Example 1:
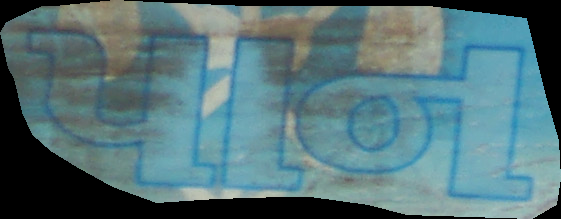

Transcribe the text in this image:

પાન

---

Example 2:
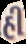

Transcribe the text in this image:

હી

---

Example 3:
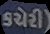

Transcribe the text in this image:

કચેરી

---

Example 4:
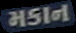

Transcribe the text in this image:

મકાન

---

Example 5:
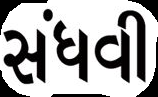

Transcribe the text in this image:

સંધવી